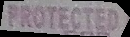
PROTECTED